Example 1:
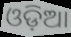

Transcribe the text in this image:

ଓଡ଼ିଆ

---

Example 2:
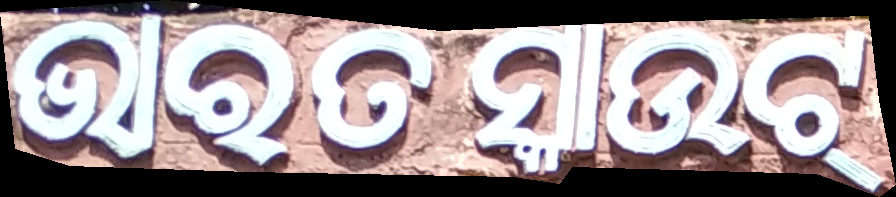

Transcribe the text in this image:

ଭାରତ ସ୍କାଉଟ୍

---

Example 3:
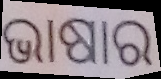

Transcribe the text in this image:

ଭାଷାର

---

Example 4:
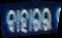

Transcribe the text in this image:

ବାହାରର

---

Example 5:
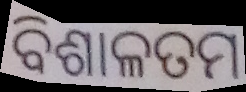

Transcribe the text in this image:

ବିଶାଳତମା